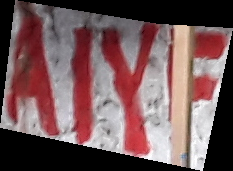
AIYF